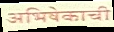
अभिषेकाची